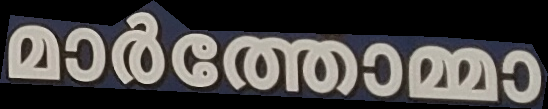
മാർത്തോമ്മാ